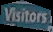
Visitors